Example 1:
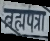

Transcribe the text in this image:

ब्रह्मपत्रा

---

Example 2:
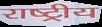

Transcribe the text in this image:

राष्ट्रीय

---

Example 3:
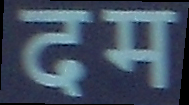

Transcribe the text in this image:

दम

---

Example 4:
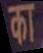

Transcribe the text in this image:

का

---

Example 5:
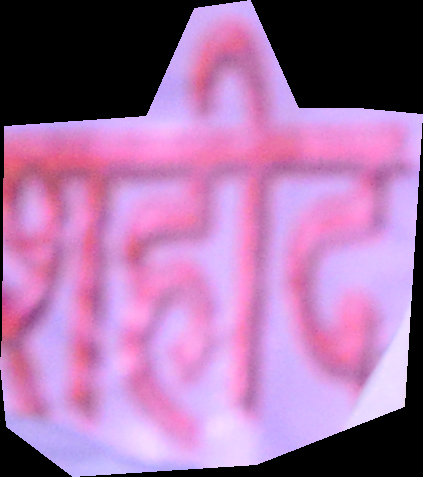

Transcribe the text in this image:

शहीद